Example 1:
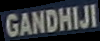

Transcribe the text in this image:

GANDHIJI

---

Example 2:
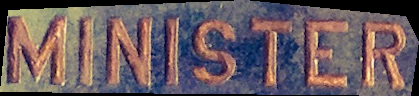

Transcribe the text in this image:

MINISTER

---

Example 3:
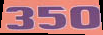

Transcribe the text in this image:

350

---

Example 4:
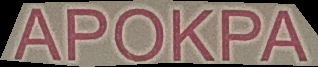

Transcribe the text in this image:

APOKPA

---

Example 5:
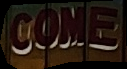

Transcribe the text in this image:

COME